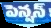
పెన్షన్